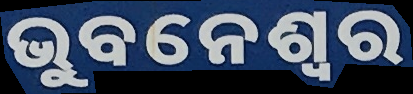
ଭୁବନେଶ୍ବର